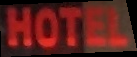
HOTEL